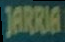
JARRIA